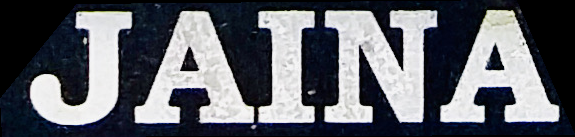
JAINA